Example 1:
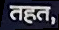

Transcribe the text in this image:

तहत,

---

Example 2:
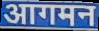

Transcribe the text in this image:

आगमन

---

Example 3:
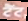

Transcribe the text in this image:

टैंट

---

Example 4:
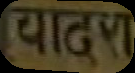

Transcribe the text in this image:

यादरा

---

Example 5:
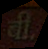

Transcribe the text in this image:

बी.